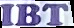
IBT